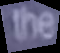
the